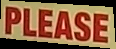
PLEASE